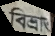
বিভ্রা